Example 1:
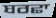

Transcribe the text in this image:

ਥਰਛਾ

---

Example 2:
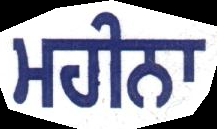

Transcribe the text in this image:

ਮਹੀਨਾ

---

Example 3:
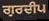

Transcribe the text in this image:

ਗੁਰਦੀਪ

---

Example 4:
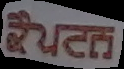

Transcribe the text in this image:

ਕੌਂਪਟਨ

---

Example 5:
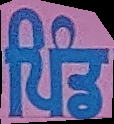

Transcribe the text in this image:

ਪਿੰਡ